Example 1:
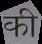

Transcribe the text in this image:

की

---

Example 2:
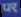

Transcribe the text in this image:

पर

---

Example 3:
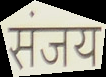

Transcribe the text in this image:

संजय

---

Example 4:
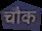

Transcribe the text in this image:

चौक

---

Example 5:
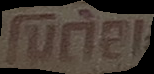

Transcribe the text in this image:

प्रितेश